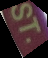
ST.